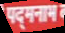
पद्‍मनाभ